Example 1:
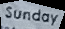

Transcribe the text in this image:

Sunday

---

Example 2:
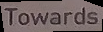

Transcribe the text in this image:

Towards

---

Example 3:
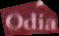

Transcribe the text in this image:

Odia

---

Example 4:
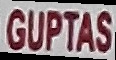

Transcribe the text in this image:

GUPTAS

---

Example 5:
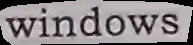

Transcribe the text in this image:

windows